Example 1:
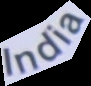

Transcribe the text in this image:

India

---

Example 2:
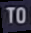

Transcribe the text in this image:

TO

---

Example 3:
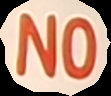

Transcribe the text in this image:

NO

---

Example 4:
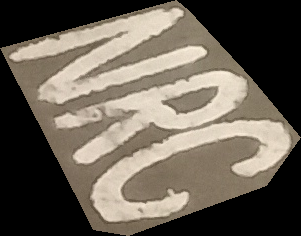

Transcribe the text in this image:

NRC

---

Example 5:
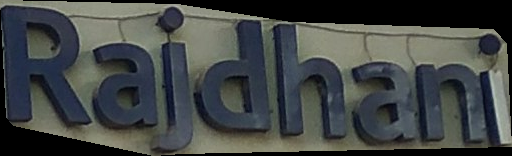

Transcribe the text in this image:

Rajdhani